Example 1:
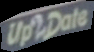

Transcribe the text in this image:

Up2Date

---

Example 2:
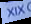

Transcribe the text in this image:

XIX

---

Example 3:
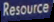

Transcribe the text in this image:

Resource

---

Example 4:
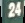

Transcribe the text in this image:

24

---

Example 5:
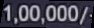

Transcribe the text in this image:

1,00,000/-